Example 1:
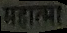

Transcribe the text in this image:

महात्मा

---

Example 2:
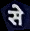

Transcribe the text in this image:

से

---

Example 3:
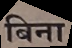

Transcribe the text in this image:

बिना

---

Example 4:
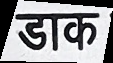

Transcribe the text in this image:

डाक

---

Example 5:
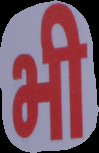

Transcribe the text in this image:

भी